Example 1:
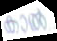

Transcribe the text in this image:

കാൽ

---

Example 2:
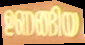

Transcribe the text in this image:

ഉണങ്ങിയ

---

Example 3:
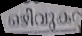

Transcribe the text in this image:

ഒഴിവുകൾ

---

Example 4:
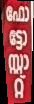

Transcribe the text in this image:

ഫോട്ടോസ്റ്റാറ്റ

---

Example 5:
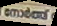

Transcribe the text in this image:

നോർത്ത്